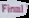
Final